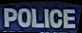
POLICE